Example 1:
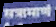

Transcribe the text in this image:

सत्रामाणं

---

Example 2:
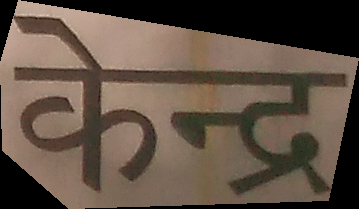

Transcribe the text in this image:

केन्द्र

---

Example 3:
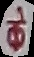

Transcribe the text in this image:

के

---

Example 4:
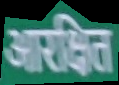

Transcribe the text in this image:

आरक्षित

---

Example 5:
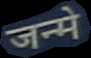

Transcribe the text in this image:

जन्मे